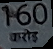
160 करोड़